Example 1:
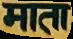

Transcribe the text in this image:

माता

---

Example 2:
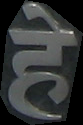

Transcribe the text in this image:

हे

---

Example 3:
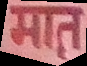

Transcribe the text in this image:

मात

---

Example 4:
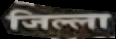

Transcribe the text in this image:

जिल्ला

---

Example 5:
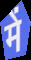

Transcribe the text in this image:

में